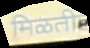
मिळती